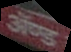
ॲण्ड